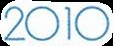
2010